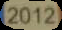
2012